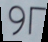
୨୮